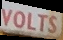
VOLTS